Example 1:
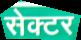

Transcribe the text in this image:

सेक्टर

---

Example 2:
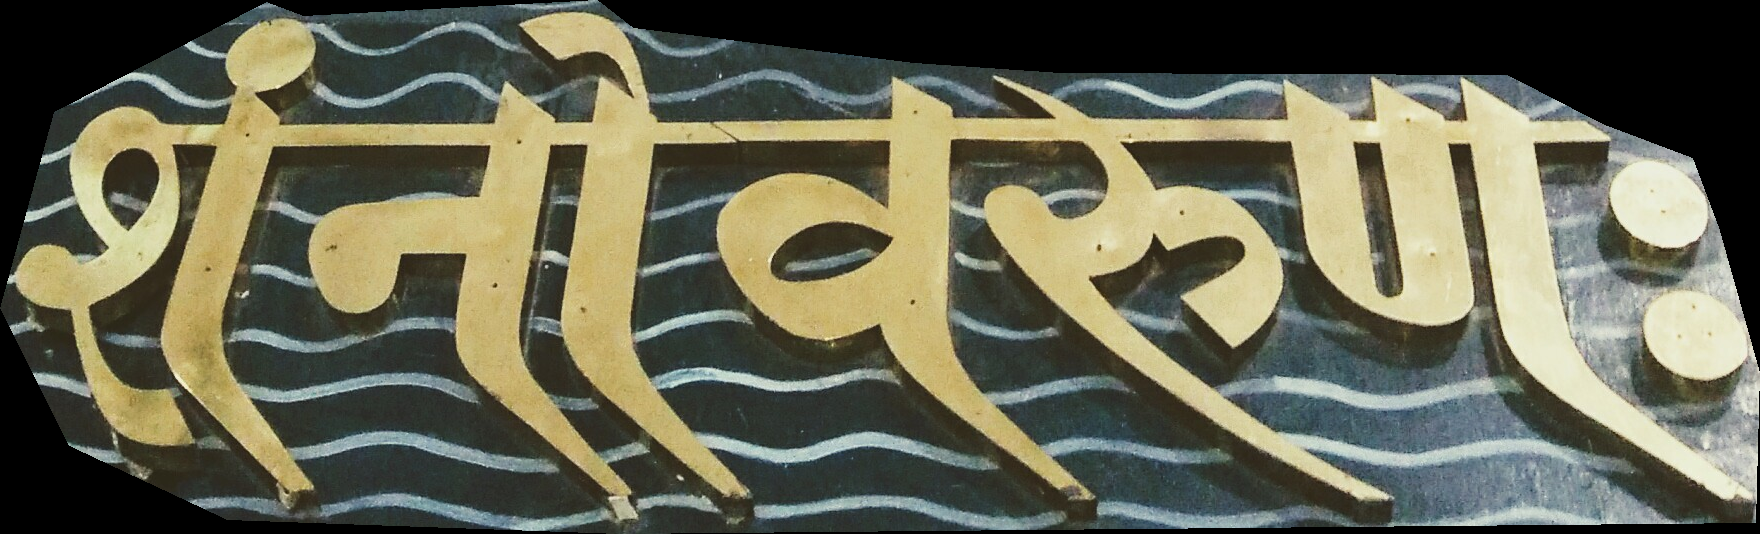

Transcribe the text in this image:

शंनोवरुणः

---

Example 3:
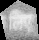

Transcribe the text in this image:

लिए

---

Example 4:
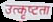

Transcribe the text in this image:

उत्कृष्टता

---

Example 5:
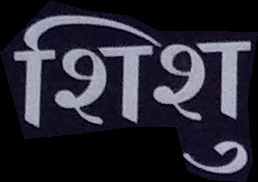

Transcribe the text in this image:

शिशु